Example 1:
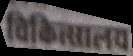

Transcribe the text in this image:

चिकित्सालय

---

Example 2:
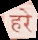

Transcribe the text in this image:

हरे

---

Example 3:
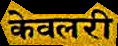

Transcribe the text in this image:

केवलरी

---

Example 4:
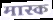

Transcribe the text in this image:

मास्क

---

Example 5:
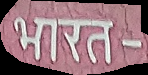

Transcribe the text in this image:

भारत-